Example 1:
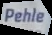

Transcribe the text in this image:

Pehle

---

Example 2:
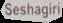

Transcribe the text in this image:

Seshagiri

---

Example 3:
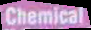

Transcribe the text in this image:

Chemical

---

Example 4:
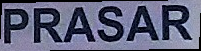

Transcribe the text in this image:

PRASAR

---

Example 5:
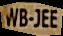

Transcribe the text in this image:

WB-JEE